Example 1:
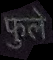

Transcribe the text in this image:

फुले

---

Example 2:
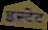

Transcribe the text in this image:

इस्टेट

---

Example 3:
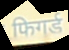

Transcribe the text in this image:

फिगर्ड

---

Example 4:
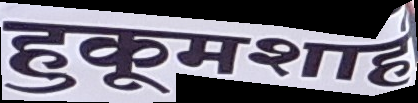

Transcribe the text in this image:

हुकूमशाह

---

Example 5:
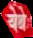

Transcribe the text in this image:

येथे